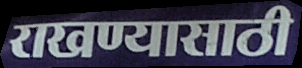
राखण्यासाठी